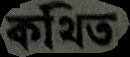
কথিত